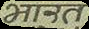
भारत